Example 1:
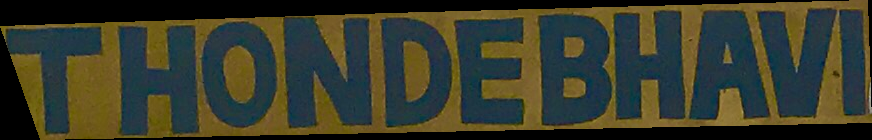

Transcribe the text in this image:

THONDEBHAVI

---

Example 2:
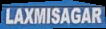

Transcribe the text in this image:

LAXMISAGAR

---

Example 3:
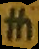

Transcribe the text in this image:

th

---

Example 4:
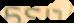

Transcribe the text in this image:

5511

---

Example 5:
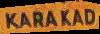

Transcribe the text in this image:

KARAKAD